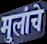
मुलांचे